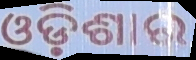
ଓଡ଼ିଶାର